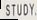
STUDY